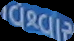
વિશ્વાસ